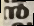
ൻ